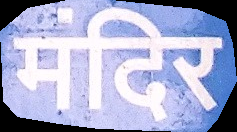
मंदिर